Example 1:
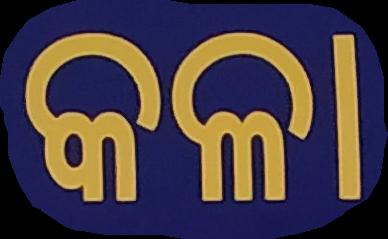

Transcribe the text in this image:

କଳା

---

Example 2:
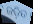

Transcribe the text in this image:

ଜଡ଼ିତ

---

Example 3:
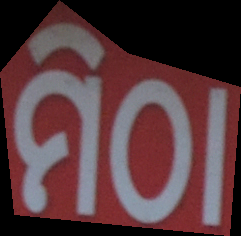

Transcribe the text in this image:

ମିଠା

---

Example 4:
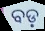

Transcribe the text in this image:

ବଡ଼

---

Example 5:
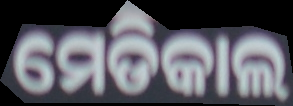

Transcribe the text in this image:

ମେଡିକାଲ